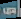
धाम